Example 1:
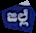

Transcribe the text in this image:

ಜಲ್ಲಿ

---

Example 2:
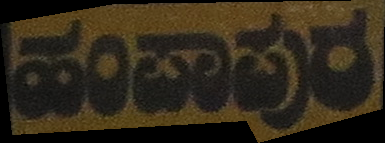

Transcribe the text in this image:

ಹಂಪಾಪುರ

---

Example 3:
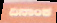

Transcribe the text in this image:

ವಿನಾಂಕ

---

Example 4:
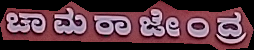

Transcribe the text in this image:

ಚಾಮರಾಜೇಂದ್ರ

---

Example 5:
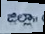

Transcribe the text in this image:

ಜಿಲ್ಲಾ।।